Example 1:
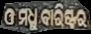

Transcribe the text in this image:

ଓ ମଧୁ ବାରିଷ୍ଟର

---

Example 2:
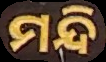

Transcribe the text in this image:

ମନ୍ଦି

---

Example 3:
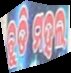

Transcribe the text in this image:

ଚୁତି ମତୁଲ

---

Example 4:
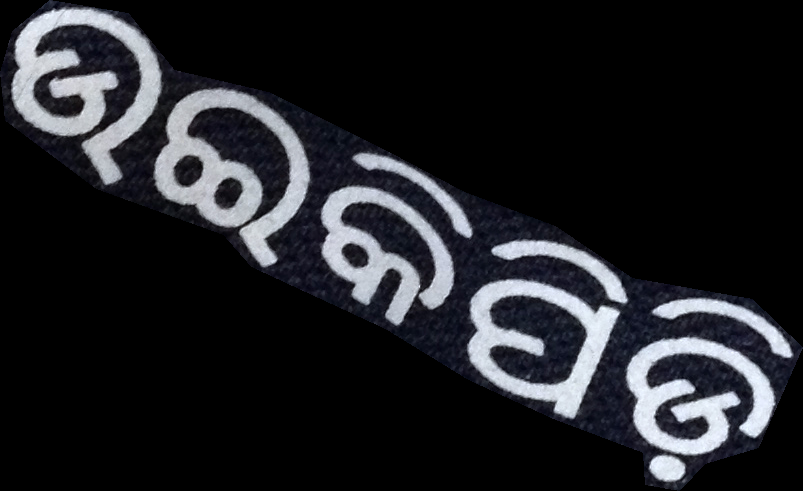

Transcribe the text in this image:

ଉଇକିପିଡ଼ି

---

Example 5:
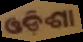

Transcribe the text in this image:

ଓଡ଼ିଶା